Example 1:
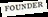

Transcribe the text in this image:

FOUNDER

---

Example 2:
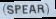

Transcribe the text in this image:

(SPEAR)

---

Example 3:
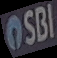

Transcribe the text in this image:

SBI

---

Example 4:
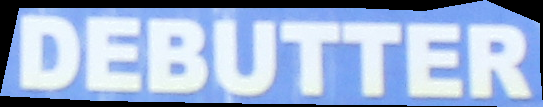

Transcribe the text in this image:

DEBUTTER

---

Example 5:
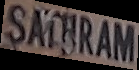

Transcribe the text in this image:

SATHRAM